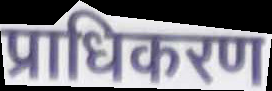
प्राधिकरण